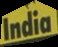
India